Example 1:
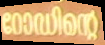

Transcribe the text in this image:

റോഡിൻ്റെ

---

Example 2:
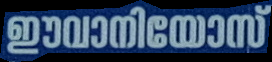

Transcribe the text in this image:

ഈവാനിയോസ്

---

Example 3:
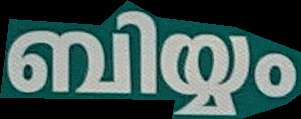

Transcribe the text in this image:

ബിയ്യും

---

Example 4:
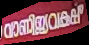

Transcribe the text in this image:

വാണിജ്യവകപ്പ്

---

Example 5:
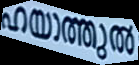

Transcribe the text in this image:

ഹയാത്തൂൽ